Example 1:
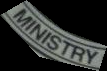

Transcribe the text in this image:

MINISTRY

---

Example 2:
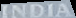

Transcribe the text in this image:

INDIA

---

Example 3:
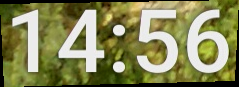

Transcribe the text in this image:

14:56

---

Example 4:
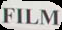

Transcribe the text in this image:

FILM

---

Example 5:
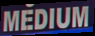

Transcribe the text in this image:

MEDIUM